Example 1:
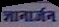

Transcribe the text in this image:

ज्ञानार्जन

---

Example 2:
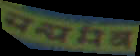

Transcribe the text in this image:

सत्यमेव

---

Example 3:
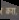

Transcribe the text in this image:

करा,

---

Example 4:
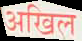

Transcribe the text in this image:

अखिल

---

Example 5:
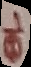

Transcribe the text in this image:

क॓